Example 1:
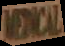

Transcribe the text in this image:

MEDICAL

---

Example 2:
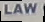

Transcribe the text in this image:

LAW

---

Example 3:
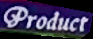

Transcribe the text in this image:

Product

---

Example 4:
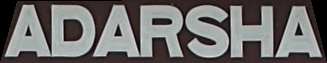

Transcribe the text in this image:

ADARSHA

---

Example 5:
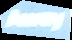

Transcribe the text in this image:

Away